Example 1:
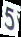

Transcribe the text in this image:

5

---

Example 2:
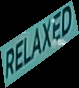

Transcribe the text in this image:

RELAXED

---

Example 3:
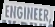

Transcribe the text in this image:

ENGINEER,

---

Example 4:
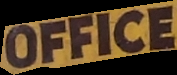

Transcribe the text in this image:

OFFICE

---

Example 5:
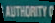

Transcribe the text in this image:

AUTHORITY